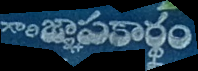
గారి జ్ఞాపకార్థం